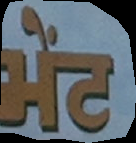
ਮੇਂਟ